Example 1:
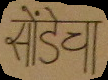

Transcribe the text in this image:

सोंडेचा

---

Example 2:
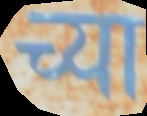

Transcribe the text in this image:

च्या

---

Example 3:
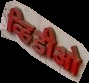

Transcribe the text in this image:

व्हिडीओ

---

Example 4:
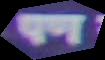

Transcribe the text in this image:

पण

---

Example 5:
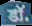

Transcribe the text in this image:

डाॅ.